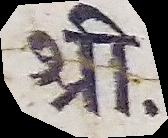
श्री.